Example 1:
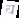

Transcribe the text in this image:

व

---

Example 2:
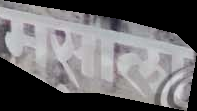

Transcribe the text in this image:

मसाला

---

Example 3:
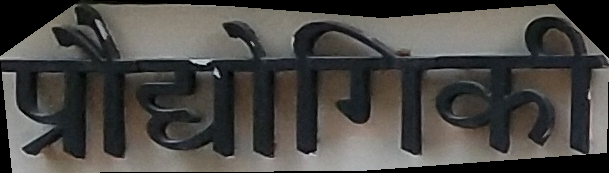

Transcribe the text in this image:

प्रौद्योगिकी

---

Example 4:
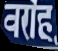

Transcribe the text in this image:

वरोह,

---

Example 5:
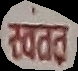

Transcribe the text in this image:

स्वंतत